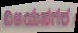
ವಿಜಯನಗರ